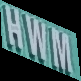
HWM